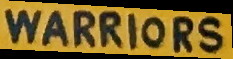
WARRIORS